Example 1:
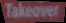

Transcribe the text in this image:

Takeover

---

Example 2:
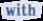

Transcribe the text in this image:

with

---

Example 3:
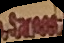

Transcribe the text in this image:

Sarees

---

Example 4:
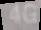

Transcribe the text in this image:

4G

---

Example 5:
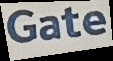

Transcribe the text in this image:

Gate